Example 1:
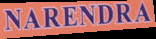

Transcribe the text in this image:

NARENDRA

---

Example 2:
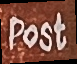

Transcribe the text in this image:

post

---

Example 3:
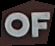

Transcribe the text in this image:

OF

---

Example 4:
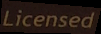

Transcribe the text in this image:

Licensed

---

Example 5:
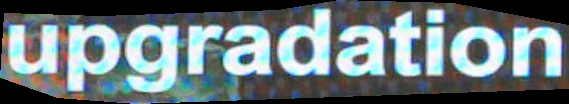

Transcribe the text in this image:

upgradation